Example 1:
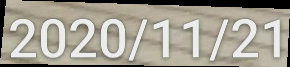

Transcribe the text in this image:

2020/11/21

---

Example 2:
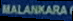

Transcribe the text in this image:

MALANKARA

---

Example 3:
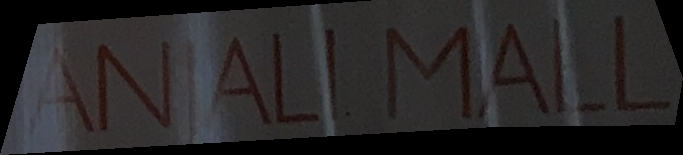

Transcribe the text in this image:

ANJALI MALL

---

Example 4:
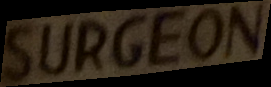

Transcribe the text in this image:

SURGEON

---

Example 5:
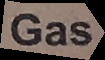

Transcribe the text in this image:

Gas